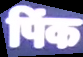
पिंक